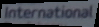
International